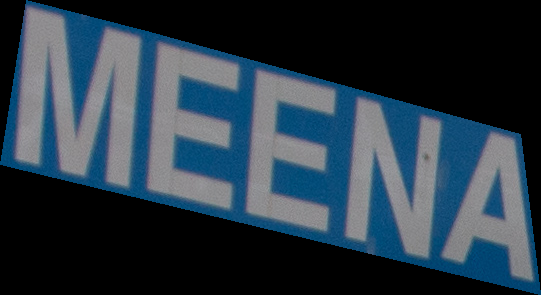
MEENA